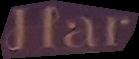
Har